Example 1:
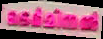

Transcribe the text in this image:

ടെർമിതൽ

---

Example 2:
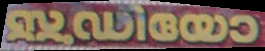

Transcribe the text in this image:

സ്റ്റുഡിയോ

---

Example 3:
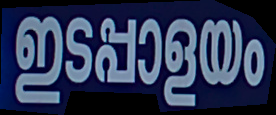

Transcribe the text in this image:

ഇടപ്പാളയം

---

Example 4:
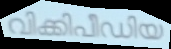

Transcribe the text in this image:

വിക്കിപീഡിയ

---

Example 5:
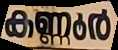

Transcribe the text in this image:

കണ്ണൂർ